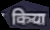
किया